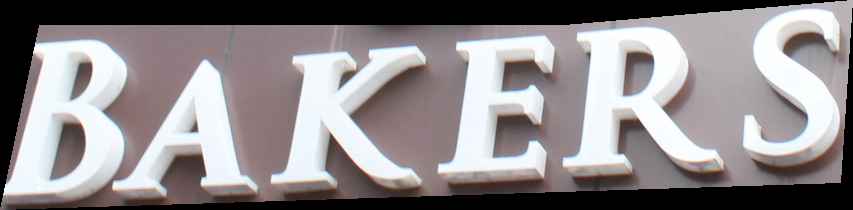
BAKERS